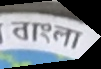
বাংলা